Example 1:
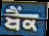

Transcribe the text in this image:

ਬੈਕ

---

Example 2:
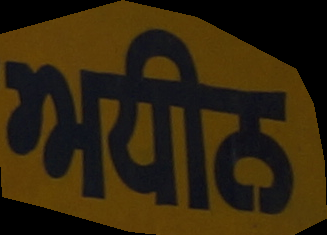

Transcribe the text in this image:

ਅਧੀਨ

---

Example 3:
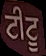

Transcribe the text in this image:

ਟੀਟੂ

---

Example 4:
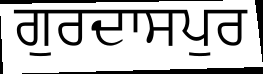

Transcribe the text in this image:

ਗੁਰਦਾਸਪੁਰ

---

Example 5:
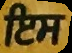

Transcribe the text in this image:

ਇਸ